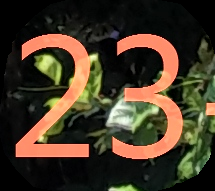
23